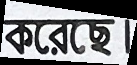
করেছে৷